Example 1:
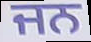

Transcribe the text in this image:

ਜਨ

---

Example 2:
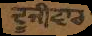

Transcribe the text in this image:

ਦੂਜੀਵਾਰ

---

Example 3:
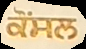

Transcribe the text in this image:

ਕੋਂਸਲ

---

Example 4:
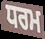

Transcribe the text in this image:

ਧਰਮ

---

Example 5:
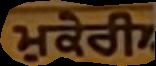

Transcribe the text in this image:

ਮੁਕੇਰੀ